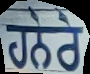
ਹਨੇਰੇ